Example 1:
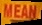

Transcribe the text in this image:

MEAN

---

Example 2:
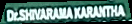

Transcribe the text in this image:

Dr.SHIVARAMA KARANTHA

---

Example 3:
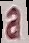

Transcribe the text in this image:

a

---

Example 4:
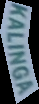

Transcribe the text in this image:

KALINGA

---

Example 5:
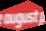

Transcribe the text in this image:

august